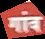
गांव